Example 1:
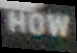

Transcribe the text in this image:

HOW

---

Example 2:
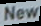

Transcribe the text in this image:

New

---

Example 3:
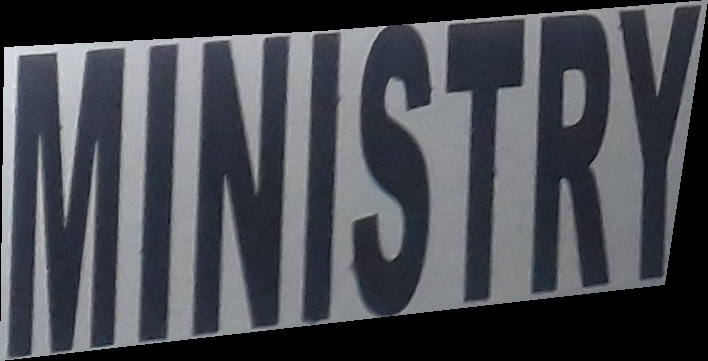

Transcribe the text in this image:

MINISTRY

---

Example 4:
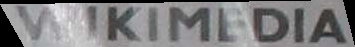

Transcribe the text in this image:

WIKIMEDIA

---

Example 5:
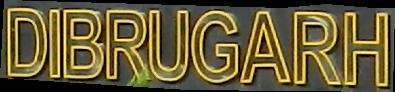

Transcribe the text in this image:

DIBRUGARH